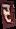
ਦ